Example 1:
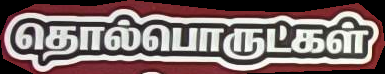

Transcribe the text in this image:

தொல்பொருட்கள்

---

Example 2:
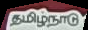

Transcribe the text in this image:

தமிழ்நாடு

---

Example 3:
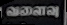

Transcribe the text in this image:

வளைவு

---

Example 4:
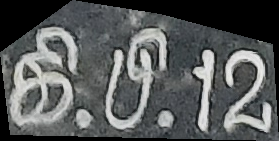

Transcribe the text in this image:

கி.பி.12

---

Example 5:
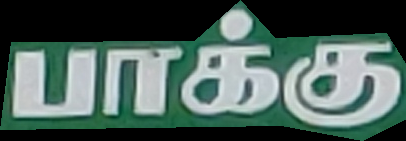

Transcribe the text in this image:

பாக்கு